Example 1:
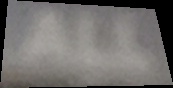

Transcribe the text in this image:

ALL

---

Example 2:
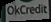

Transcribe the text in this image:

OkCredit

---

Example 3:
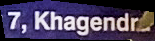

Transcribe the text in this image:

7,Khagendr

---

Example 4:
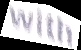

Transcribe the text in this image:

with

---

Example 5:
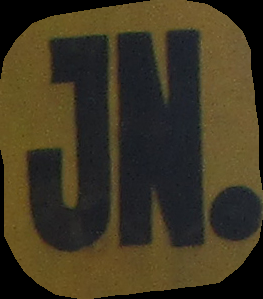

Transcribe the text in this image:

JN.